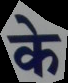
के